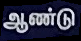
ஆண்டு